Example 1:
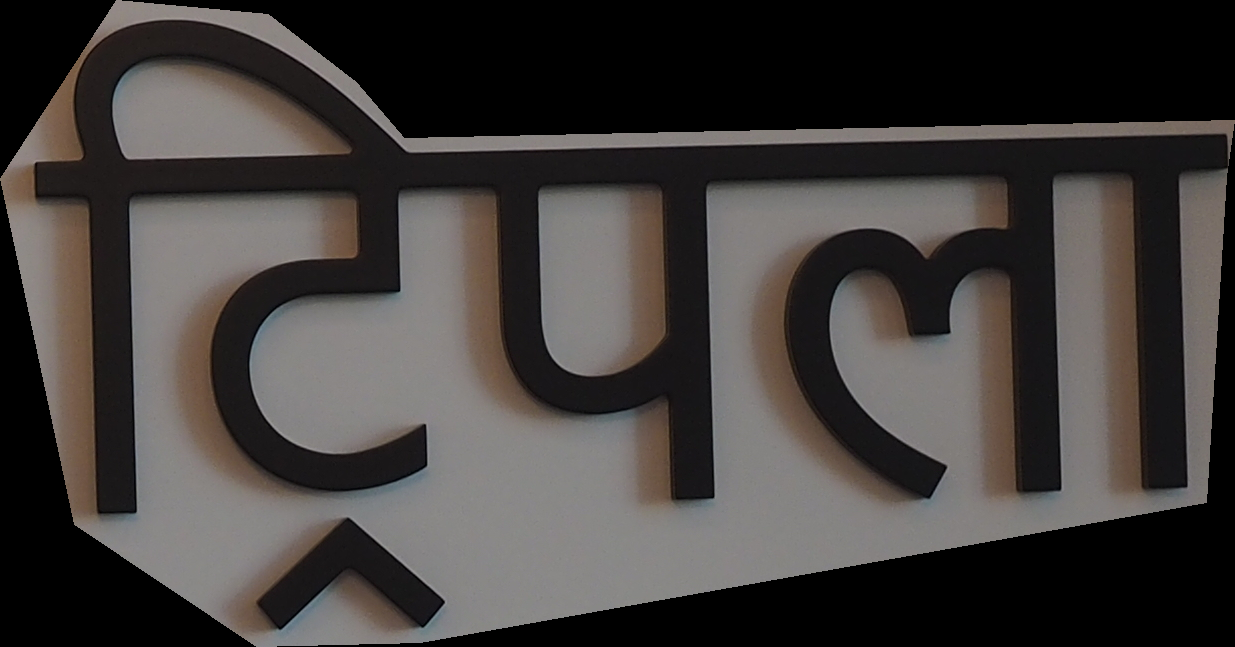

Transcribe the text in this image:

ट्रिपला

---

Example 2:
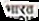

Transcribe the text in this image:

भारत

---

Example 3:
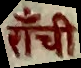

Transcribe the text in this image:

रॉँची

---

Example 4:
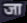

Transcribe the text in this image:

जा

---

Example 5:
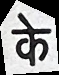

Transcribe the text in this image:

के